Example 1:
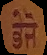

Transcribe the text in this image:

ਭੇਜੇ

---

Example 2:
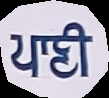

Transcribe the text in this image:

ਪਾਣੀ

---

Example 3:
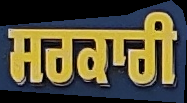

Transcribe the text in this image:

ਸਰਕਾਰੀ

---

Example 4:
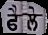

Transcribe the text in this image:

ਫੈਲੇ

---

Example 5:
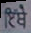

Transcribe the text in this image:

ਇਥੇ